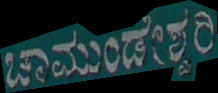
ಚಾಮುಂಡೇಶ್ವರಿ